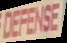
DEFENSE